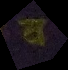
व